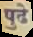
पुढे